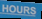
HOURS